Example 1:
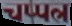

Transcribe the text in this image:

चप्पल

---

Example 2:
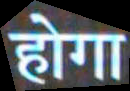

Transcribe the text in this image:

होगा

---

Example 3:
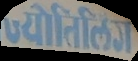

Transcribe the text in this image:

ज्योतिर्लिंग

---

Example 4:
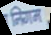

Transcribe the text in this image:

निगम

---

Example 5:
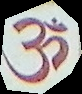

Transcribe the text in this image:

ॐ